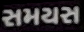
સમયસ